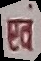
एवं